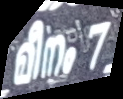
മീന.7